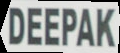
DEEPAK